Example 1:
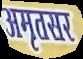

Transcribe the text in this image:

अमृतसर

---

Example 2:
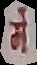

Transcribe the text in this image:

में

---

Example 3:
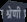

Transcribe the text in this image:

श्रेणी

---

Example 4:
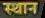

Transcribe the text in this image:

स्थान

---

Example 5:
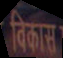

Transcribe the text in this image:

विकास